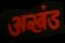
अखंड